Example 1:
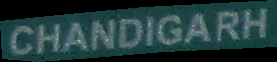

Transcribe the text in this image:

CHANDIGARH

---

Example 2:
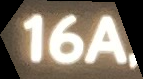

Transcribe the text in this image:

16A,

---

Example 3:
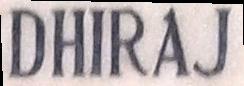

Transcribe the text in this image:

DHIRAJ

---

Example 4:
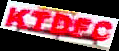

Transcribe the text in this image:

KTDFC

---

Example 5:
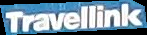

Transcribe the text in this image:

Travellink